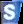
S